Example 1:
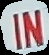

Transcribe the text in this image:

IN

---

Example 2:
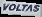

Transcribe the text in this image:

VOLTAS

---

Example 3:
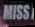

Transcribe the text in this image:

MISS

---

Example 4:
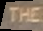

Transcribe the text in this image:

THE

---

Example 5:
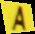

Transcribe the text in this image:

A